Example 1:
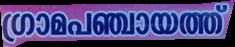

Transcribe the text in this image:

ഗ്രാമപഞ്ചായത്ത്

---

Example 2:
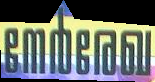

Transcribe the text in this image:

നേർരേഖ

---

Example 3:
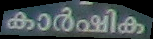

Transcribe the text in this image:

കാർഷിക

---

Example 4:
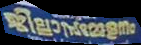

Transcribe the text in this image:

ജില്ലാപ്രമേളനം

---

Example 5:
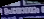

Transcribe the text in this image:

ഉപയോഗവും